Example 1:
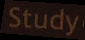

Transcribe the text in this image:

Study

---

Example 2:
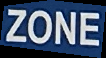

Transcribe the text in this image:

ZONE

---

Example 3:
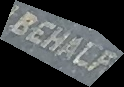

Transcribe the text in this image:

BEHALF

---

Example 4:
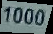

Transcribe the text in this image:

1000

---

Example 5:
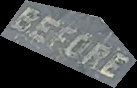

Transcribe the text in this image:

BEFORE